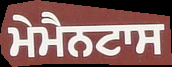
ਮੇਮੈਨਟਾਸ